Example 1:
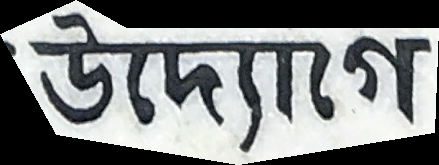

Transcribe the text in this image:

উদ্যোগে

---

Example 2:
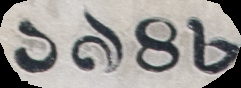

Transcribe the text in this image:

১ঌ৪৮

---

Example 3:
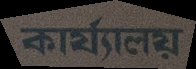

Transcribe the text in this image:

কার্য্য৷লয়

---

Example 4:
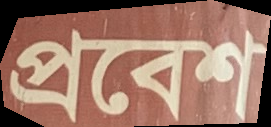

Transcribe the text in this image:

প্রবেশ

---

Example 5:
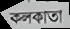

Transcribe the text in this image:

কলকাতা